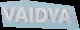
VAIDYA